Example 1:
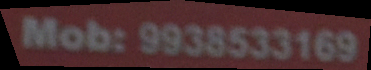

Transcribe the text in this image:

Mob:9938533169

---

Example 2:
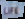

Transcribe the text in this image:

LIFE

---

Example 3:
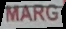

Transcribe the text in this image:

MARG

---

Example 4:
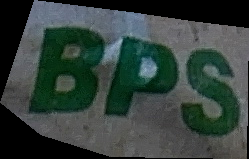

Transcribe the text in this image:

BPS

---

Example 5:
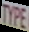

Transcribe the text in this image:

TYPE